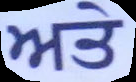
ਅਤੇ